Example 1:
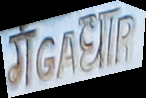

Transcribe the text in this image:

गGAधाR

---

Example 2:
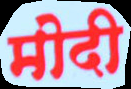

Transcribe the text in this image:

मोदी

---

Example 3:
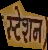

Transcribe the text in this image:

स्टेशन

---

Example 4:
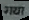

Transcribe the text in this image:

गया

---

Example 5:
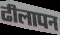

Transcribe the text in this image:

ढीलापन